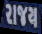
રાજય